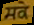
ਸਕੇ